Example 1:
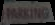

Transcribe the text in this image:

PARKING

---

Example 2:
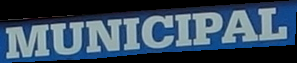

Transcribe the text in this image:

MUNICIPAL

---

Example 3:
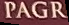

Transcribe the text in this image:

PAGR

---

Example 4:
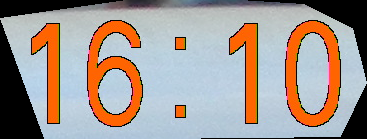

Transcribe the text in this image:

16:10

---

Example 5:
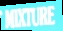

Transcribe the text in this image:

MIXTURE